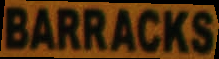
BARRACKS